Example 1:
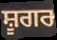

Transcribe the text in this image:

ਸ਼ੂਗਰ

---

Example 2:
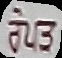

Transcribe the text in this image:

ਰੋਪੜ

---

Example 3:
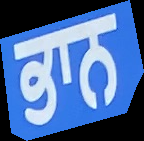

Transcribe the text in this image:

ਭਾਨ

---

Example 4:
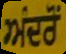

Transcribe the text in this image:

ਅੰਦਰੋਂ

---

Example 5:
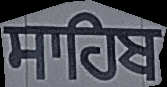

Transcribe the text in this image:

ਸਾਹਿਬ